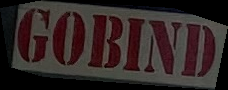
GOBIND